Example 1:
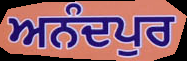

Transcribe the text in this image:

ਅਨੰਦਪੁਰ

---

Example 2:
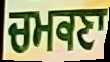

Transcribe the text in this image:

ਚਮਕਣਾ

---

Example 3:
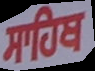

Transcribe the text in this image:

ਸਾਹਿਥ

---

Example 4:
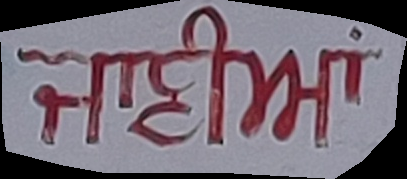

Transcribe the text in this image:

ਜਾਣੀਆਂ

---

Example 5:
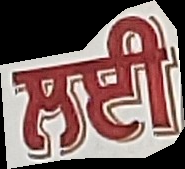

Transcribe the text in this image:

ਲਈ